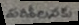
పరిశీలనకు